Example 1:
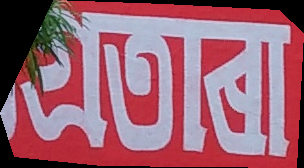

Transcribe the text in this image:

এতাৰা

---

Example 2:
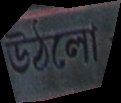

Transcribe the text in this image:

উঠলো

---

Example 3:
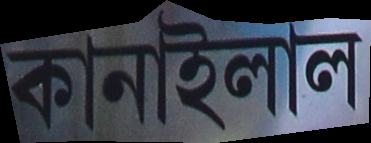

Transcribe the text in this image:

কানাইলাল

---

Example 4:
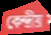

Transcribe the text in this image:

কেন্দ্ৰীয়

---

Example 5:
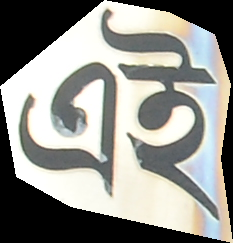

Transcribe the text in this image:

এই